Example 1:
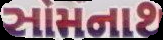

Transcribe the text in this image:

સોમનાથ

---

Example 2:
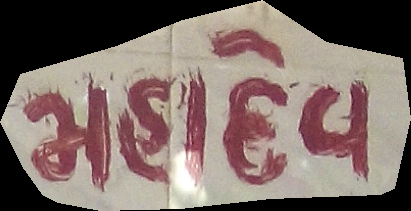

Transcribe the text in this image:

મહાદેવ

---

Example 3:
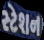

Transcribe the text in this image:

સ્ટેશન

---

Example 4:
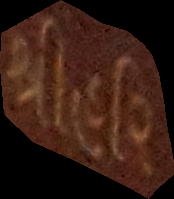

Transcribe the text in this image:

શ્રીહરિ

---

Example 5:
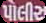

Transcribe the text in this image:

પોલીસ